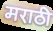
मराठी